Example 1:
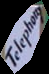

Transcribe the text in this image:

Telepony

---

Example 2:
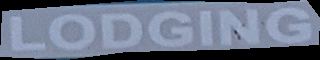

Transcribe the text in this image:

LODGING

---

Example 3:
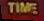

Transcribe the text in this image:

TIME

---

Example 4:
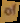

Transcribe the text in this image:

of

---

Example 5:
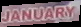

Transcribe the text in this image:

JANUARY